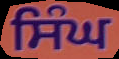
ਸਿੰਘ